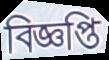
বিজ্ঞপ্তি